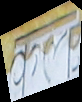
कल